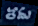
లేదు